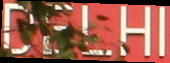
HI